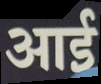
आई